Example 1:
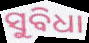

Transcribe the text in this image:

ସୁବିଧା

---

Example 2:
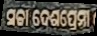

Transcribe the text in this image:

ସଚ୍ଚା ଦେଶପ୍ରେମୀ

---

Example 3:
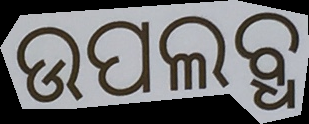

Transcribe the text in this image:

ଉପଲବ୍ଧ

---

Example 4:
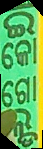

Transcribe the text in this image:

ଇ କୋ ଗୋ ଲ୍ଡ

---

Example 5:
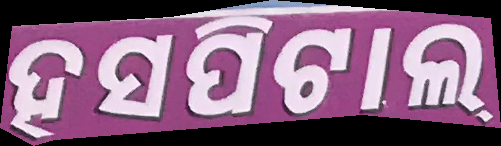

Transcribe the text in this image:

ହସପିଟାଲ